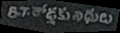
87.రోడ్లకు నిధులు